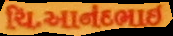
ચિ.આનંદભાઇ